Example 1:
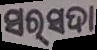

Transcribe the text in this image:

ସରସଦା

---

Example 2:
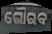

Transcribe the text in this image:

ଗୌରବ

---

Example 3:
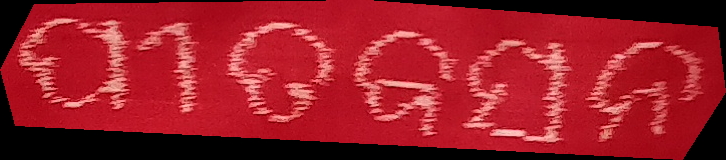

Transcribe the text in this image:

ପୀତବସନ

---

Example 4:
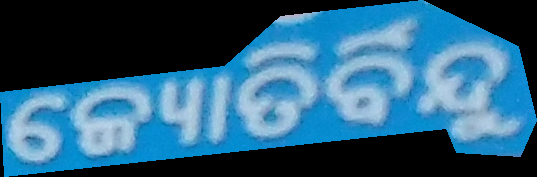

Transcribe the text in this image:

ଜ୍ୟୋତିର୍ବିନ୍ଦୁ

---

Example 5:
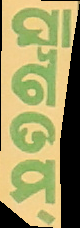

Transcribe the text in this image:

ପାଗୖତମ୍